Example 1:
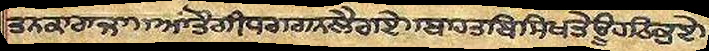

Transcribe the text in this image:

ਤਨਕਾਰਾਜਾ॥ਆਂਤੌਗੀਧਗਗਨਲੈਗਏ॥ਬਾਹਤਬਿਸਿਖਤੋਊਹਠਿਭਏ।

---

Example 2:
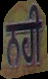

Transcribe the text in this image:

ਨਹੀ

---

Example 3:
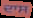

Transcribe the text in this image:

ਦਾਸ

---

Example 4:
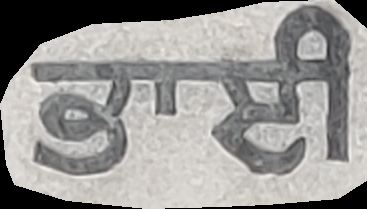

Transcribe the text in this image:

ਭਾਈ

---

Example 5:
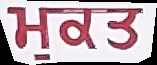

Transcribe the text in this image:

ਮੁਕਤ